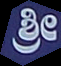
ಶ್ರೀ